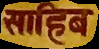
साहिब